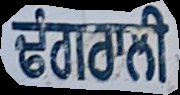
ਢੰਗਰਾਨੀ